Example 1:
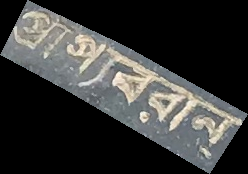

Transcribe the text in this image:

প্রাপ্যবরান্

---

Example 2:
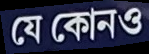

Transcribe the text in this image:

যে কোনও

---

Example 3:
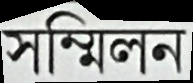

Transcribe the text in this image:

সম্মিলন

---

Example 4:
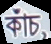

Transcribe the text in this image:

কাঁচ,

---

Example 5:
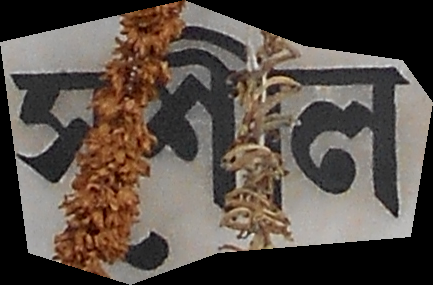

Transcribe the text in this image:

সুশীল